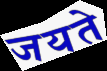
जयते